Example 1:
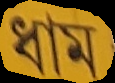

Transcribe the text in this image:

ধাম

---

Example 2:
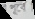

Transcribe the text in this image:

পূবে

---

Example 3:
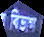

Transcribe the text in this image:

বিভাগ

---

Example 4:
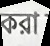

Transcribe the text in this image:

করা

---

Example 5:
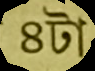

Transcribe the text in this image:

৪টা